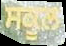
ਸਕੂਲ